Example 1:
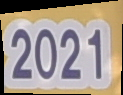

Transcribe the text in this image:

2021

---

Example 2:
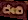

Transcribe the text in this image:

deo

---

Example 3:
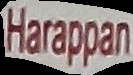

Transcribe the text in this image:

Harappan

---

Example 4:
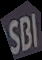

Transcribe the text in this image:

SBI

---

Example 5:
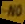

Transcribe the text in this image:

NO